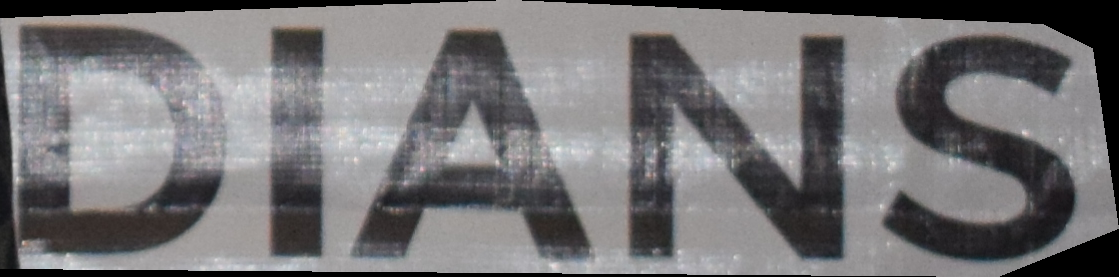
DIANS